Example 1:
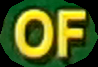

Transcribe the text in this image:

OF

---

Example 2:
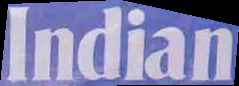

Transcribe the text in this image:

Indian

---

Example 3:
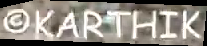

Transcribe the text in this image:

KARTHIK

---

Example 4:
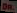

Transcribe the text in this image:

DR.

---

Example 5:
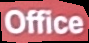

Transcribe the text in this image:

Office